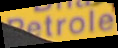
Petrole